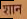
शान